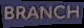
BRANCH